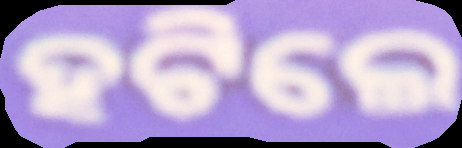
ହଟିଲେ